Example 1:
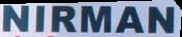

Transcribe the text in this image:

NIRMAN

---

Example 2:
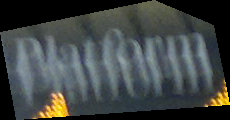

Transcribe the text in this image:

Platform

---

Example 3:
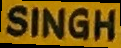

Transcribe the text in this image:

SINGH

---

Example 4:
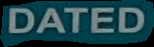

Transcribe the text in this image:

DATED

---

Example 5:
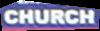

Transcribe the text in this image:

CHURCH